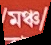
/মঞ্চ/